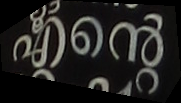
എൻെ